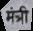
मंत्री